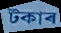
টকাৰ